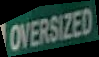
OVERSIZED